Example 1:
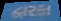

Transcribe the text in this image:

દ્વારકા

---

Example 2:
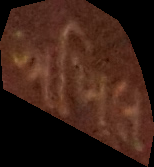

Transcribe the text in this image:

અખિલ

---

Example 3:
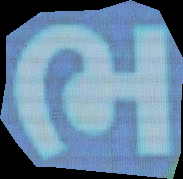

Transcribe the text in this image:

ભ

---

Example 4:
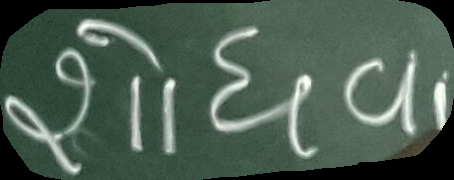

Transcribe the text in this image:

શોધવા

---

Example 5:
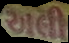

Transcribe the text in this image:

અલી